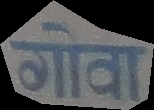
गोवा